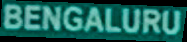
BENGALURU